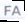
FA